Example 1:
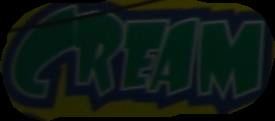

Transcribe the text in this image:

CREAM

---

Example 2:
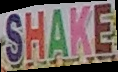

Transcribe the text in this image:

SHAKE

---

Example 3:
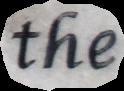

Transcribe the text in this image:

the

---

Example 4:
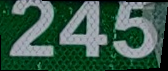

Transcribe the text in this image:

245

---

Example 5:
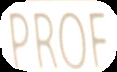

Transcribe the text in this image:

PROF